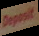
Deposit